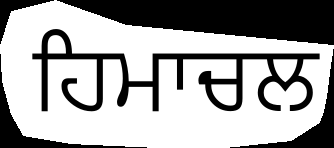
ਹਿਮਾਚਲ